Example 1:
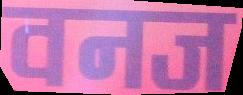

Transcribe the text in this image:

वनज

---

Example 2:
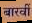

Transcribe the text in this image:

बारवीं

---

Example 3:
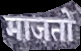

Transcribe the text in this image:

माजतो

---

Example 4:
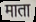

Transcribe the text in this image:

माता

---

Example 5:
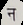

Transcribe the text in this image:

न